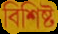
বিশিষ্ট